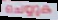
ചെയ്യുക